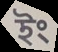
ইং